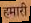
हमारी